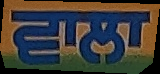
ਵਾਲਾ